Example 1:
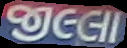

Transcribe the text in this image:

જી૯લા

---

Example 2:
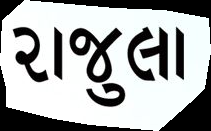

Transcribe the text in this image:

રાજુલા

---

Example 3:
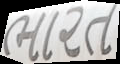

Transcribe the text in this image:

ભારત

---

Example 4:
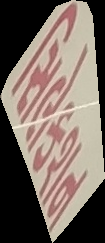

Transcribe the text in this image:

સિલેક્શન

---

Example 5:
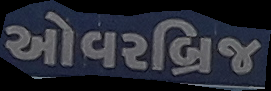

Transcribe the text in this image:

ઓવરબ્રિજ